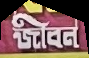
জীবন